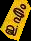
ഇ.എം